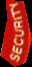
SECURITY